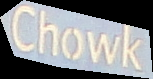
Chowk